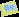
Be